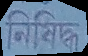
নিষিদ্ধ